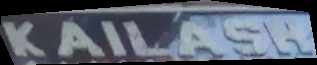
KAILASH